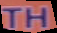
TH